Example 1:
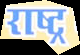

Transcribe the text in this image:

राष्ट्र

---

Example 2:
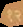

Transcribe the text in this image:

१२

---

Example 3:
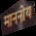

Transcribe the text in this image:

माननीय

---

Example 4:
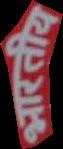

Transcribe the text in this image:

भारतीय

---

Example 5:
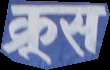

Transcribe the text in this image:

क्रूस